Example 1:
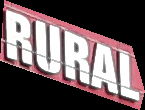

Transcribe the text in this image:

RURAL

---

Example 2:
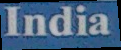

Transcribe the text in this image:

India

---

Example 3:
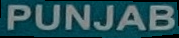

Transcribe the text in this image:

PUNJAB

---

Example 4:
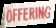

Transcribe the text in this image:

OFFERING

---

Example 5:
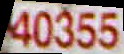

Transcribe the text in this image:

40355